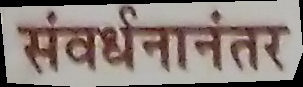
संवर्धनानंतर